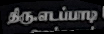
திரு.எடப்பாடி